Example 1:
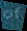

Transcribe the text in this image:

of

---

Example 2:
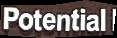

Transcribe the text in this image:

Potential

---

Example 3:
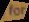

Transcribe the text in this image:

for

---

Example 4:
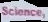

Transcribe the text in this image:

Science,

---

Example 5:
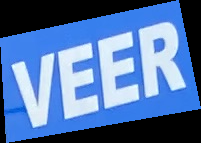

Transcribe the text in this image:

VEER